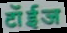
टॉईज